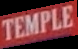
TEMPLE